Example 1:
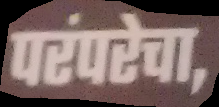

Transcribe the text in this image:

परंपरेचा,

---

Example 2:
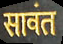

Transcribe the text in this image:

सावंत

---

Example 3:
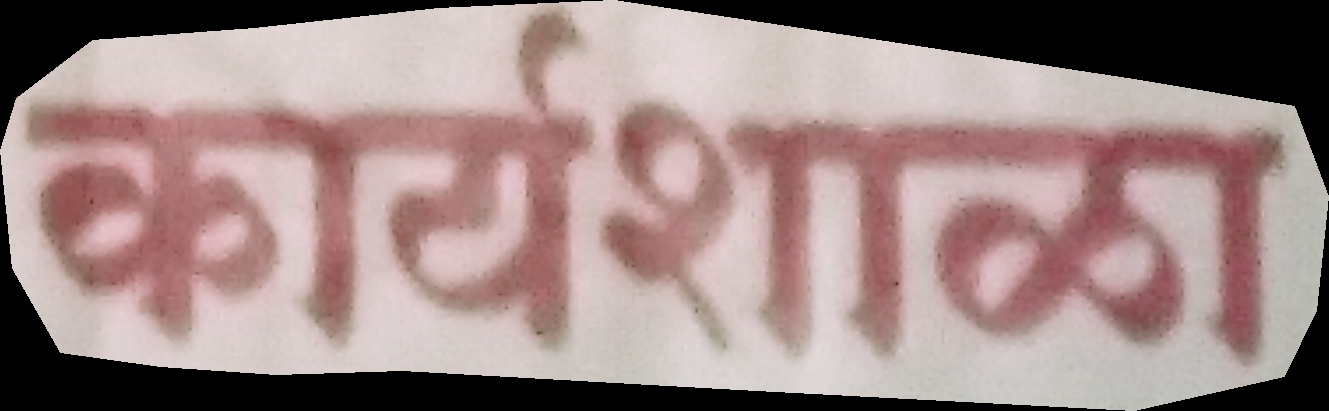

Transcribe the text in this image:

कार्यशाळा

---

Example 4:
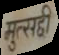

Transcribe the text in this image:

मुत्सही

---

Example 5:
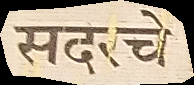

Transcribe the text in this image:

सदरचे